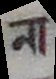
না